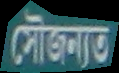
সৌজন্যত